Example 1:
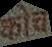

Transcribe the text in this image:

कोच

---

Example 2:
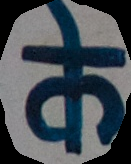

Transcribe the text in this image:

क‍े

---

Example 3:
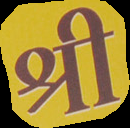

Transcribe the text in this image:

श्री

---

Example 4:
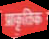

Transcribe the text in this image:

प्राकृतिक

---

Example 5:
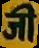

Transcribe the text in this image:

जी